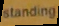
standing